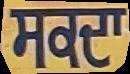
ਸਕਦਾ